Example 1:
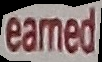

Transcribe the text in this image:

eamed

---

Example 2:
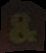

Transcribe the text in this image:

&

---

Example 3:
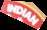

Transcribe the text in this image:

INDIAN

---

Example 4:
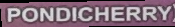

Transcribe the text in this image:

PONDICHERRY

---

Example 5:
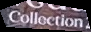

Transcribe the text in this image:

Collection